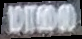
மாலை